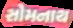
સોમનાથ